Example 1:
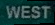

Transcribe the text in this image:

WEST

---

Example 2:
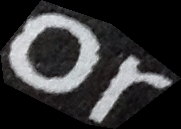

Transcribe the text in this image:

or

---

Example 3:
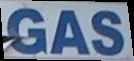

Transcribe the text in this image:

GAS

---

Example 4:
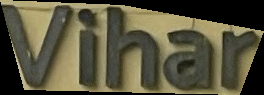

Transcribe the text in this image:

Vihar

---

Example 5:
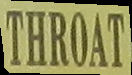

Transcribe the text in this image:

THROAT